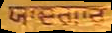
ਯਾਦਗਾਰ